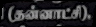
(தன்னாட்சி),